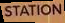
STATION